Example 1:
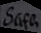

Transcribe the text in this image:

Safe,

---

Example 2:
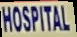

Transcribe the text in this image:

HOSPITAL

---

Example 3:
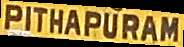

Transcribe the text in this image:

PITHAPURAM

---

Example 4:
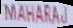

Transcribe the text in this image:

MAHARAJ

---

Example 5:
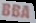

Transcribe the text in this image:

BBA